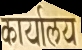
कार्यालय